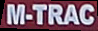
M-TRAC